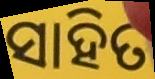
ସାହିତ